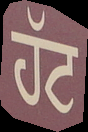
ਹੱਟ